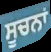
ਸੂਚਨਾਂ